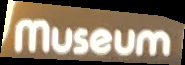
museum